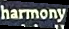
harmony